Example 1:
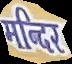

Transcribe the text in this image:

मन्दिर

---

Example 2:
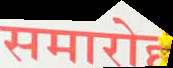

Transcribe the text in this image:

समारोह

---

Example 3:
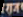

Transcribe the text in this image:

राज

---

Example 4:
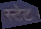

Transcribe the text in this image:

स्टेट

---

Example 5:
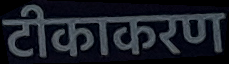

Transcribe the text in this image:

टीकाकरण